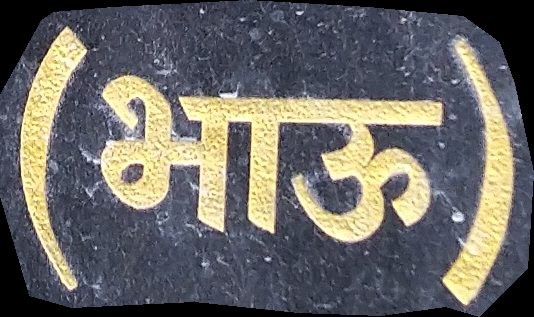
(भाऊ)